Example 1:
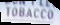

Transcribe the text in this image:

TOBACCO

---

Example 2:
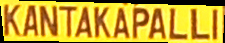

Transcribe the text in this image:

KANTAKAPALLI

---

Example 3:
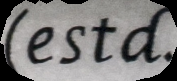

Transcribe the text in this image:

(estd.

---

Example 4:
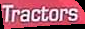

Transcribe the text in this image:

Tractors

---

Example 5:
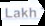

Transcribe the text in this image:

Lakh